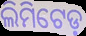
ଲିମିଟେଡ଼